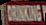
DRINKING